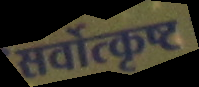
सर्वोत्कृष्ट